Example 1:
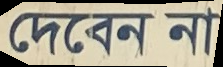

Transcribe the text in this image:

দেবেন না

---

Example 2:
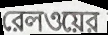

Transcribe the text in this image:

রেলওয়ের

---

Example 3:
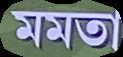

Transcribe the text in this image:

মমতা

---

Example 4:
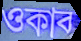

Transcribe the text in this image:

ওকাব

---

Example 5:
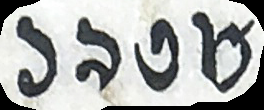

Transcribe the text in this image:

১৯৩৮